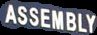
ASSEMBLY